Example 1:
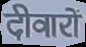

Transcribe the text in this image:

दीवारों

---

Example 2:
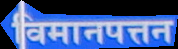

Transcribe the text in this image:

विमानपत्तन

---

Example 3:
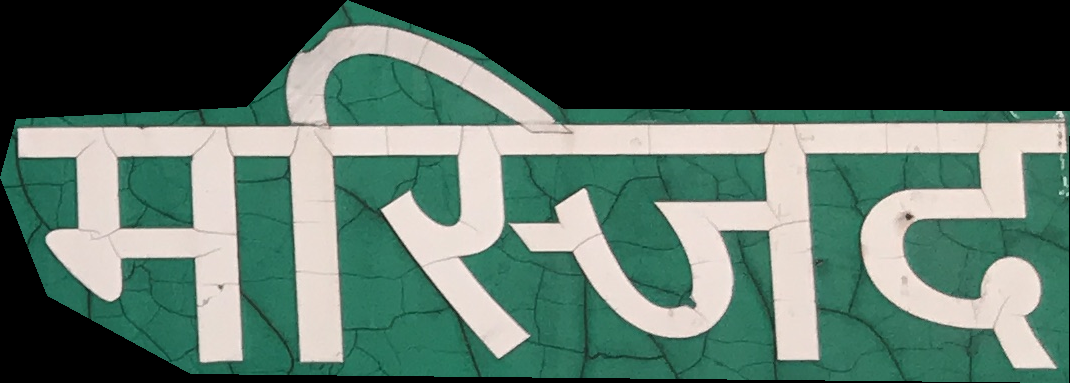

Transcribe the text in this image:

मस्जिद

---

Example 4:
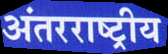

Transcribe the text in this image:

अंतरराष्ट्रीय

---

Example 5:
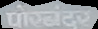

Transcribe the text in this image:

पोरबंदर